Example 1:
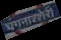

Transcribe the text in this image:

चंगनाशेरी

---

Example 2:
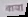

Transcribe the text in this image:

वाया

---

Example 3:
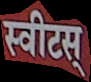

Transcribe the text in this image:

स्वीटस्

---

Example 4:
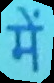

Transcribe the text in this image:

में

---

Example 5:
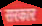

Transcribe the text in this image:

सरकार